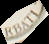
RBATI